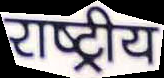
राष्ट्रीय